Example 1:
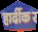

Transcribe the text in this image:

हार्दीक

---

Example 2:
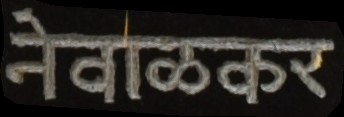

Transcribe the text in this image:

नेवाळकर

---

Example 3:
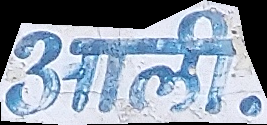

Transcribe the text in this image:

आली.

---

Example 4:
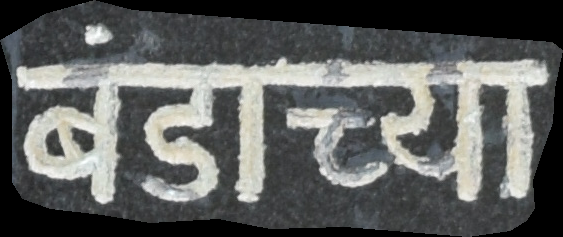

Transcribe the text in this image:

बंडाच्या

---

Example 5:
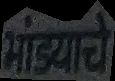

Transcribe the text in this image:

भांड्याचे